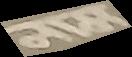
नाम